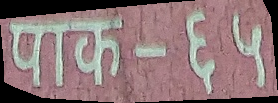
पाक-६५